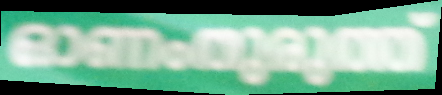
ഓണംതുരുത്ത്